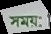
সময়ঃ